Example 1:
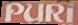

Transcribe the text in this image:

PURI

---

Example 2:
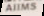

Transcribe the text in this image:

AIIMS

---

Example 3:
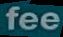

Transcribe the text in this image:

fee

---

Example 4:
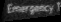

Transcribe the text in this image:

Emergency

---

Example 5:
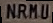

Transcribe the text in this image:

NRMU